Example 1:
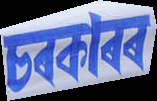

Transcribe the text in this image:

চৰকাৰৰ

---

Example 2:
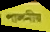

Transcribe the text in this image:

পালনীয়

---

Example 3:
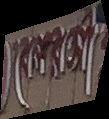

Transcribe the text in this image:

বেনারসী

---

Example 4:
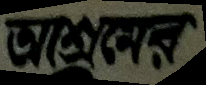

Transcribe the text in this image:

আশ্রমের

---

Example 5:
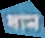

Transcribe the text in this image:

ধাম